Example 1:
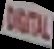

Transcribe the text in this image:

DIGITAL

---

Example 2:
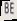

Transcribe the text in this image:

BE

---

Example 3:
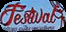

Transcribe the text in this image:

Festival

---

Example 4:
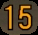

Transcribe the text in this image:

15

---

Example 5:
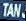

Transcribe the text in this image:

TAN